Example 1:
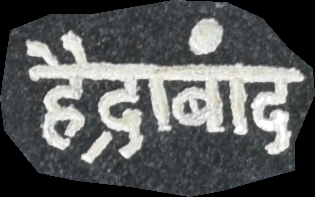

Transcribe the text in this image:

हैद्राबांद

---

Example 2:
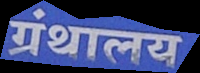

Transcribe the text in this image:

ग्रंथालय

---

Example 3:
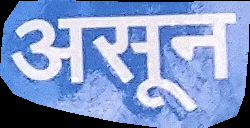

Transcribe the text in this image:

असून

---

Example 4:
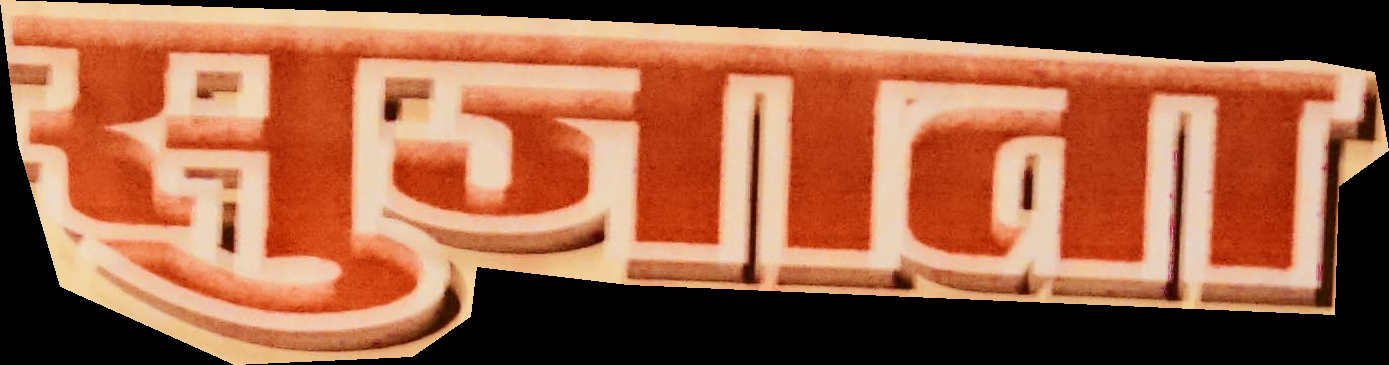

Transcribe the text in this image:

सुजाता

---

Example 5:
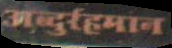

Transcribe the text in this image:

अब्दुर्रहमान